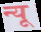
न्यू